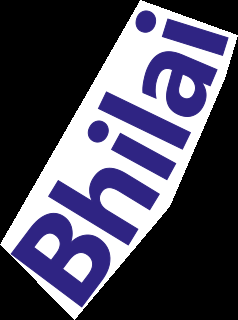
Bhilai